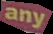
any